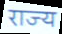
राज्य